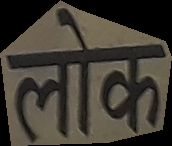
लोक